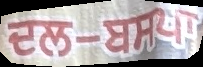
ਦਲ-ਬਸ੫ਾ